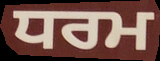
ਧਰਮ